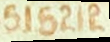
515212